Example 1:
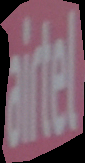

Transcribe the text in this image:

airtel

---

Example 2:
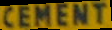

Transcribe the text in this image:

CEMENT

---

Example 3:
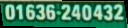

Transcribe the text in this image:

01636-240432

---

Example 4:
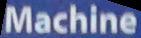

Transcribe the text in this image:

Machine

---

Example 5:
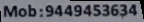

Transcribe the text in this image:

Mob:9449453634